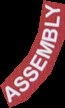
ASSEMBLY